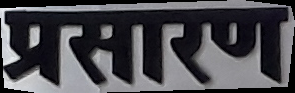
प्रसारण